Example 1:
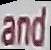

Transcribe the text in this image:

and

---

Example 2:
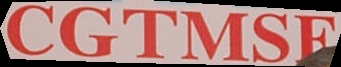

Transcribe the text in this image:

CGTMSF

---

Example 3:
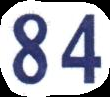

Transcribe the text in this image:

84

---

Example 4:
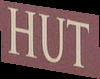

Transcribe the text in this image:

HUT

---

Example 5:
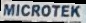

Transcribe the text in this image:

MICROTEK